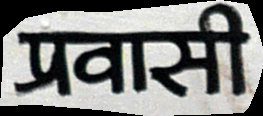
प्रवासी